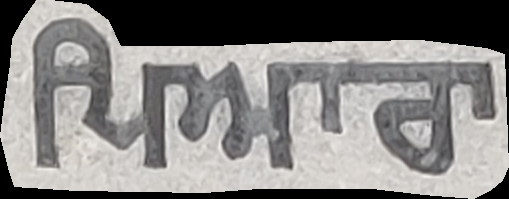
ਪਿਆਰਾ